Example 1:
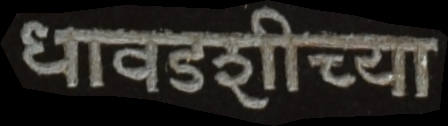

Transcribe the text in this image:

धावडशीच्या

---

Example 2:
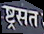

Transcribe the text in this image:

ष्ट्रसत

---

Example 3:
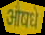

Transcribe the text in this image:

औषधे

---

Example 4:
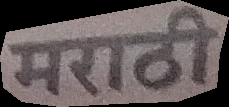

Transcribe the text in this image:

मराठी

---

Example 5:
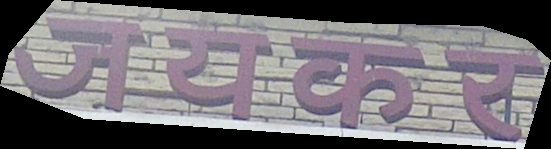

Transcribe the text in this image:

जयकर